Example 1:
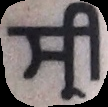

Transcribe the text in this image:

ਸ੍ਰੀ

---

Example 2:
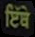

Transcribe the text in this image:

ਇੱਥੇ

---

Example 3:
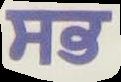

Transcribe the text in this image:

ਸਭ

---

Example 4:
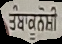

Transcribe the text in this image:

ਤੰਬਾਕੂਨੋਸ਼ੀ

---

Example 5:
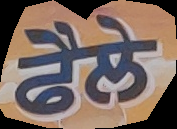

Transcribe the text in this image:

ਫੈਲੇ